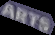
ARTS